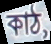
কাঠ,